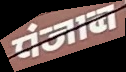
पंजाब